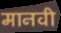
मानवी